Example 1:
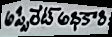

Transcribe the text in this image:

అప్పిలేట్ అధికారి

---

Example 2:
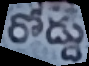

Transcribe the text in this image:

రోడ్డు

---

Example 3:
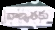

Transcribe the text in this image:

నాణ్యతకు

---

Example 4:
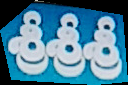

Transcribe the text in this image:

శ్రీశ్రీశ్రీ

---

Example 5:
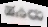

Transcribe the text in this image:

జెనరు